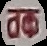
तक